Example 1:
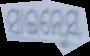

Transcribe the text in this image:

ସାଇନ୍ସେସ,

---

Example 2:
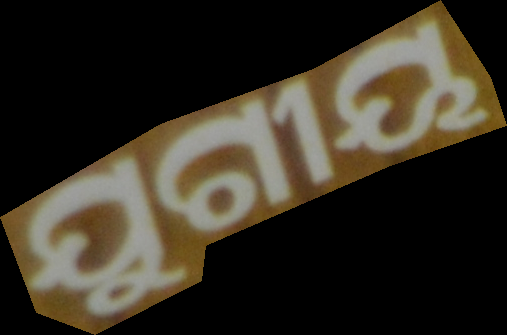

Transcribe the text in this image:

ଯୁଗୀୟ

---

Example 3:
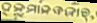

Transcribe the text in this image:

ଦଳୁ ମାନବଜାତ୍,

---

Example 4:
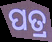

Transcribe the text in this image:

ପତ୍ର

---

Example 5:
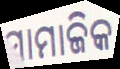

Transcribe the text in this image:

ମାମାଜିକ